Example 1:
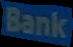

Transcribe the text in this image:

Bank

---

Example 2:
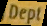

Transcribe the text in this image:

Dept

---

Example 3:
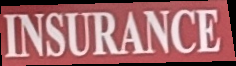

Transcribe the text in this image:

INSURANCE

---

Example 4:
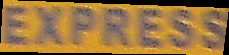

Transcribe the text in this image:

EXPRESS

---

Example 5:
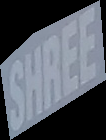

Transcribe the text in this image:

SHREE